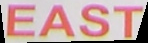
EAST